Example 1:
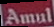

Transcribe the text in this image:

Amul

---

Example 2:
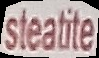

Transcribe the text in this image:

steatite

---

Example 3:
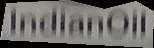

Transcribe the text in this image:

IndianOli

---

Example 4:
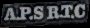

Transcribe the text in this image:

A.P.S.R.T.C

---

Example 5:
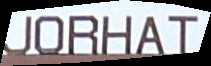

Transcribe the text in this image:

JORHAT